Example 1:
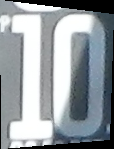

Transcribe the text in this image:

10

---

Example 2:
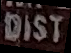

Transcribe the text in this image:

DIST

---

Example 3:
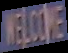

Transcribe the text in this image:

WELCOME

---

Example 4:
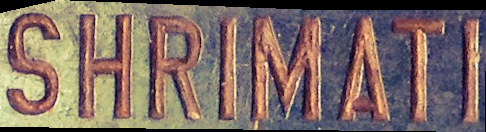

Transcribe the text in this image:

SHRIMATI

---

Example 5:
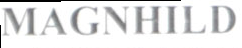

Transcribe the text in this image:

MAGNHILD